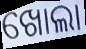
ଖୋଲା